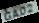
GAD2